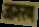
जागरण